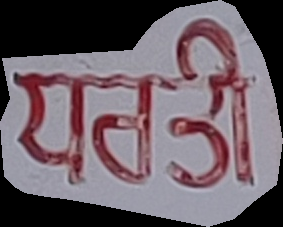
ਧਰਤੀ